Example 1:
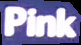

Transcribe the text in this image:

Pink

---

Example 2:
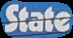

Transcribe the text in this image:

State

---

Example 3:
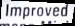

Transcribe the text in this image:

Improved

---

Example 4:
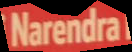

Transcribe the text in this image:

Narendra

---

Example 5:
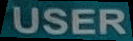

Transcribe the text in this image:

USER